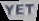
YET